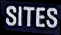
SITES